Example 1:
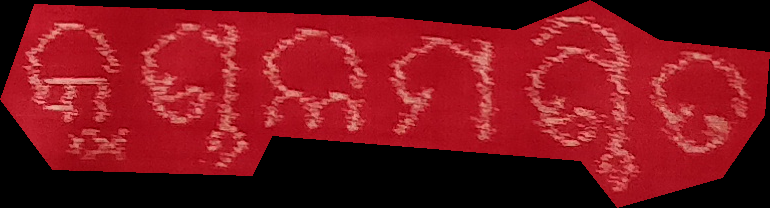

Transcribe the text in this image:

କୁମ୍ଭଳମଗ୍ନିତ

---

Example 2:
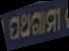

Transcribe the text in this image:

ପଥଗାମୀ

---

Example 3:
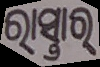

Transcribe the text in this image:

ରାସ୍ମାର୍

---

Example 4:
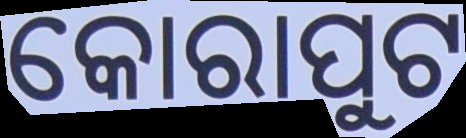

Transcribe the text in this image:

କୋରାପୁଟ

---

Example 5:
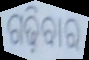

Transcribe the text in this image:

ଗଢ଼ିବାର